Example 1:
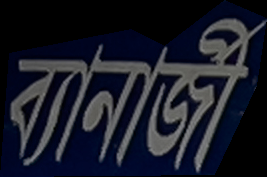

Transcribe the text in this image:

ব্যানার্জী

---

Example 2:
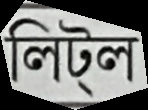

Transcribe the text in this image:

লিট্ল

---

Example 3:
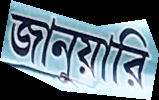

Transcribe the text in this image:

জানুয়ারি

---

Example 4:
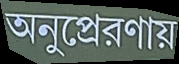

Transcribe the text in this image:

অনুপ্রেরণায়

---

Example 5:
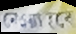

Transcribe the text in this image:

নেওয়া হবে